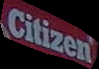
Citizen